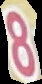
8